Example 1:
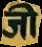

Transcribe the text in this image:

जी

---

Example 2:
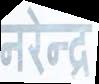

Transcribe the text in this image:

नरेन्द्र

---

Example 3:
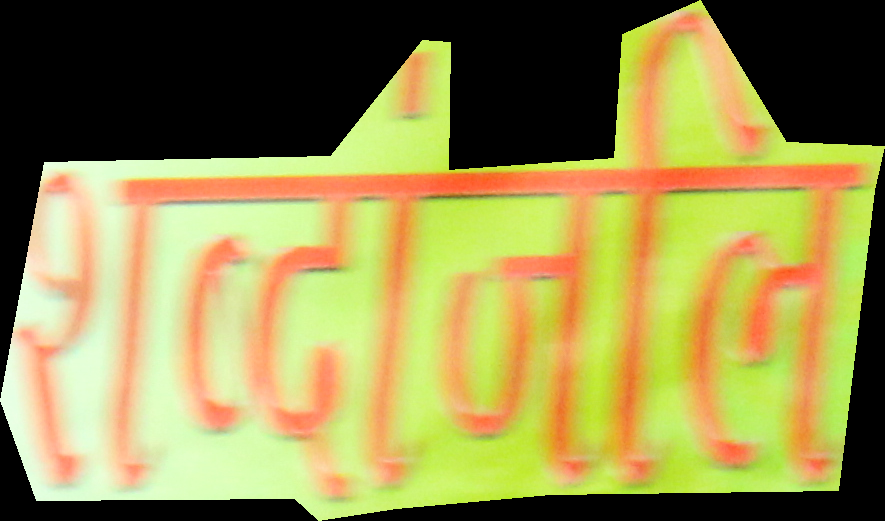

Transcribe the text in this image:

शब्दांजलि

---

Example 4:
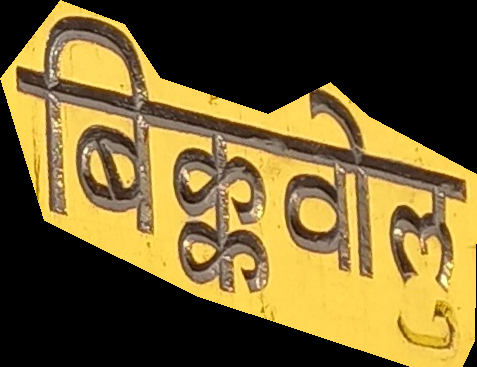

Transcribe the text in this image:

बिक्कवोलु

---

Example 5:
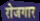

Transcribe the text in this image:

रोजगार